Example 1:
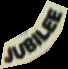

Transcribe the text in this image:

JUBILEE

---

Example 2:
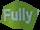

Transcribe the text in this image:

Fully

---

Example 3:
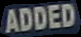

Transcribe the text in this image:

ADDED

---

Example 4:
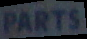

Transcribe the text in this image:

PARTS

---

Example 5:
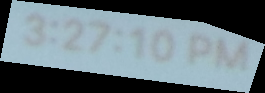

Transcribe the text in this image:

3:27:10PM